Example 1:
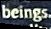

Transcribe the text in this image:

beings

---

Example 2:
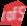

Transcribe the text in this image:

ofS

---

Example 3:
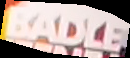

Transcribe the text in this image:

BADLE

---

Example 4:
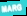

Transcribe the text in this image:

MARG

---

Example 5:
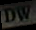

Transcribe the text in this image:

DW